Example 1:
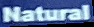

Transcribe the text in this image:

Natural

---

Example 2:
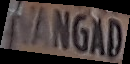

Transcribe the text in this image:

NANGAD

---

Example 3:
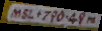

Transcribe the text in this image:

MSL+790.49M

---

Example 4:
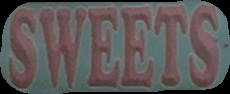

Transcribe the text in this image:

SWEETS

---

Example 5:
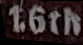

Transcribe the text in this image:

1.6th